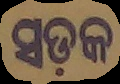
ସଡ଼କ